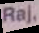
Raj,